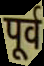
पूर्व